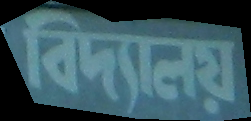
বিদ্যালয়